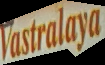
Vastralaya